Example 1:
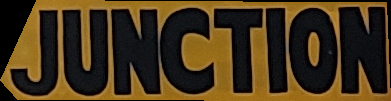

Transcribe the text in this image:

JUNCTION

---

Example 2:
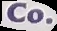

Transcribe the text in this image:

Co.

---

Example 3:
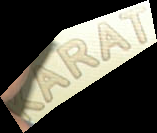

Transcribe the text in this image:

KARAT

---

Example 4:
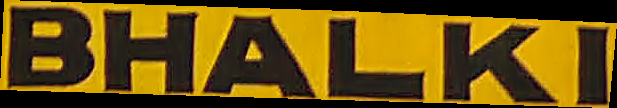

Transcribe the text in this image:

BHALKI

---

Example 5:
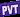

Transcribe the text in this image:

PVT